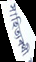
সাহিত্যৰথী